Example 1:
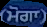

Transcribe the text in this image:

(ਮੋਗਾ)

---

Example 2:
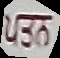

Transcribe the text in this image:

ਪਤਨ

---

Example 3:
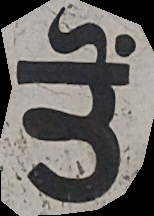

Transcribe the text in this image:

ਤੋਂ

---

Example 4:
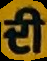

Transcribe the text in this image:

ਦੀ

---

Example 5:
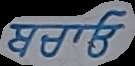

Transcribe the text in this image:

ਬਚਾਓ